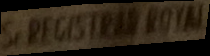
Sr REGISTRARROYAL